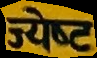
ज्येष्ट